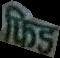
फिड